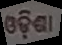
ଓଡ଼ିଶା